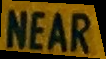
NEAR